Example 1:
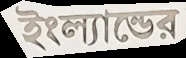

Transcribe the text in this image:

ইংল্যান্ডের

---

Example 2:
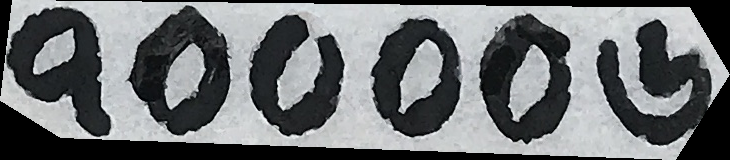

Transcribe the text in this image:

৭০০০০৬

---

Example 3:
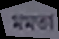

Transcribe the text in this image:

মমতা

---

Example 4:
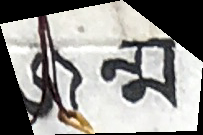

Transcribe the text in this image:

জন্ম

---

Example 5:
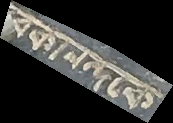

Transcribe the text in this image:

বকানন্দকে